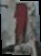
1